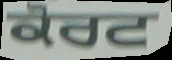
ਕੋਰਟ